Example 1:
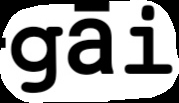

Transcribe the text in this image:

gai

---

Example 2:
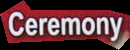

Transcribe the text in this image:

Ceremony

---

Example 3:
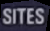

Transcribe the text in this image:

SITES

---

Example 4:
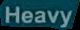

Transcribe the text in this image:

Heavy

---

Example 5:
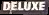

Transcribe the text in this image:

DELUXE